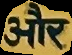
और